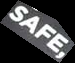
अयाना